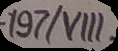
197/VIII